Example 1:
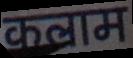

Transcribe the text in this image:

कलाम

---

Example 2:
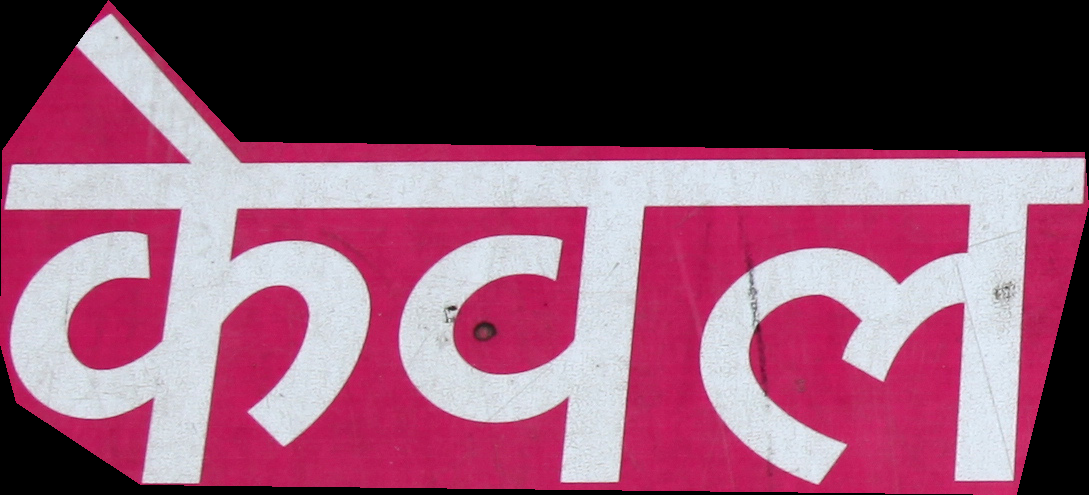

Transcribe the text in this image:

केवल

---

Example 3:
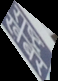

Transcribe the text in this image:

राष्ट्र खबर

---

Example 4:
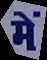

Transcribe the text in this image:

में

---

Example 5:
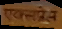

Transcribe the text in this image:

एक्सप्रेस